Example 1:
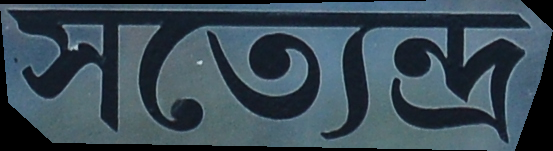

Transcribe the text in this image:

সত্যেন্দ্ৰ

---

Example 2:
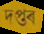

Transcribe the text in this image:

দপ্তৰ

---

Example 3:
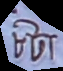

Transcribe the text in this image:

৮টা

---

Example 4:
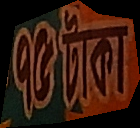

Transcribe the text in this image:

৭৫টাকা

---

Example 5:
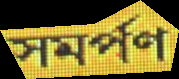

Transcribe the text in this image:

সমৰ্পণ